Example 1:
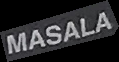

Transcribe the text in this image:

MASALA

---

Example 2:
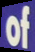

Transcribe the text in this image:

of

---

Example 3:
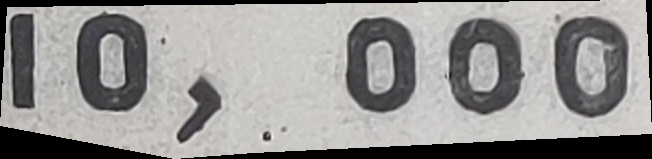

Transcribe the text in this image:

10,000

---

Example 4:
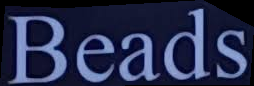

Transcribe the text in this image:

Beads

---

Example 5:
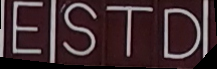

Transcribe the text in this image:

ESTD